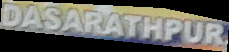
DASARATHPUR.